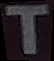
T